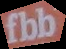
fbb